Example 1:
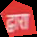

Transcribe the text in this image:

द्वारा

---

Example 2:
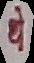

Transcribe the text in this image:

थ़े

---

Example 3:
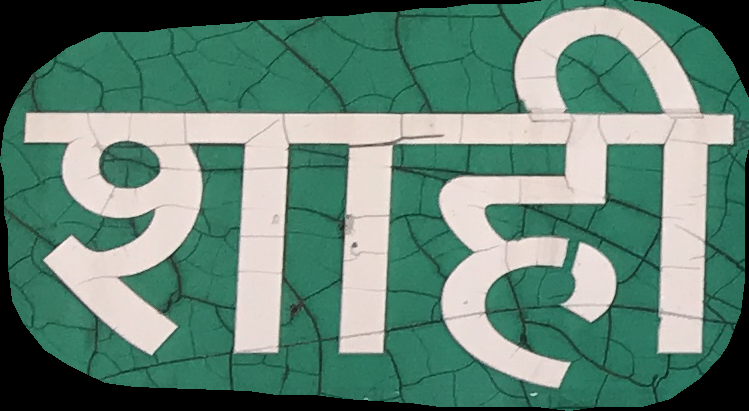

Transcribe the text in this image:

शाही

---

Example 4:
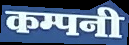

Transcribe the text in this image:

कम्पनी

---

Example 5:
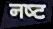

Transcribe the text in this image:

नष्‍ट